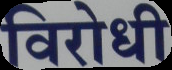
विरोधी